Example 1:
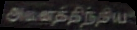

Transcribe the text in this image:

அவளத்திந்திய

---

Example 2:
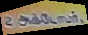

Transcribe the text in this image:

உஅக்டோபா்.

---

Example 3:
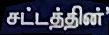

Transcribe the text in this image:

சட்டத்தின்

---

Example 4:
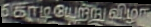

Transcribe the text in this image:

கொடியேற்று விழா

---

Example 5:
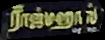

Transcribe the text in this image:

ராஜ்மஹால்